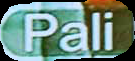
Pali